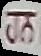
ਹਨ